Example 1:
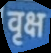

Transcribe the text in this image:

वृक्ष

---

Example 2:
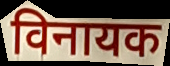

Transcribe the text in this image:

विनायक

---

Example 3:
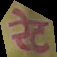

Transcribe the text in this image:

रेट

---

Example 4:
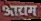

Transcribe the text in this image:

आराम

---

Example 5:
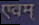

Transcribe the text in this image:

एवम्